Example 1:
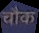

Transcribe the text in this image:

चौक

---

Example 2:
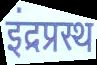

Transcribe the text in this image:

इंद्रप्रस्थ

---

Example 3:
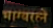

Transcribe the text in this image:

भाग्वरले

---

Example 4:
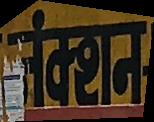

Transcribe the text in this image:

जंक्शन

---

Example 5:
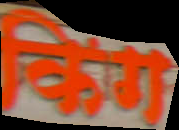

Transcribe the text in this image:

किंग